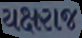
યક્ષરાજ